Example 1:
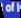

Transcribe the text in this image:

of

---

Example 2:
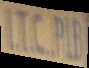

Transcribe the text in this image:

I.T.C.PLB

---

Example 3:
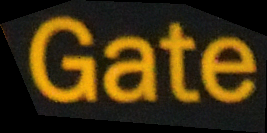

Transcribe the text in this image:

Gate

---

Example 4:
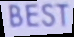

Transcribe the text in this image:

BEST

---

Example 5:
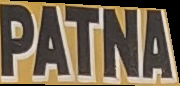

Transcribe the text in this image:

PATNA